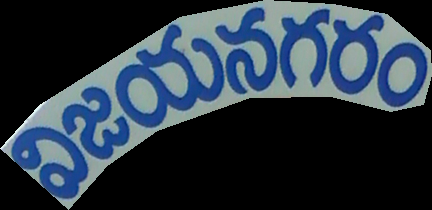
విజయనగరం